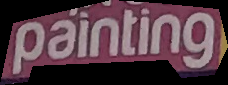
painting